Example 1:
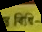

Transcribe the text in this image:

বিধি-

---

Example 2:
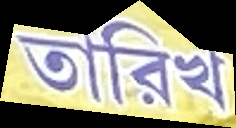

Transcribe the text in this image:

তারিখ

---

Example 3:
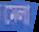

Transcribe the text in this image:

মেলা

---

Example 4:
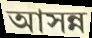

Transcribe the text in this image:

আসন্ন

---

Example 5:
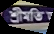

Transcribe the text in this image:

শ্রীমতি